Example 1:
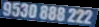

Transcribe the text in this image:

9530888222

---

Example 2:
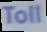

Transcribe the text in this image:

Toll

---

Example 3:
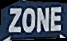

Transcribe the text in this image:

ZONE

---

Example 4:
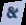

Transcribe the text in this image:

&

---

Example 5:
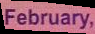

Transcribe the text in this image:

February,